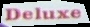
Deluxe